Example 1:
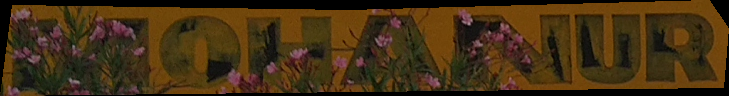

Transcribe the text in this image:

MOHANUR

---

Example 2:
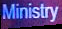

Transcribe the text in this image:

Ministry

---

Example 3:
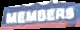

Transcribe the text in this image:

MEMBERS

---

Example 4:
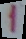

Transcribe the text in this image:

1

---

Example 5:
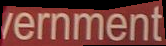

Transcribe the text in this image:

vernment